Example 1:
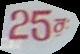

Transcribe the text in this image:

25 व:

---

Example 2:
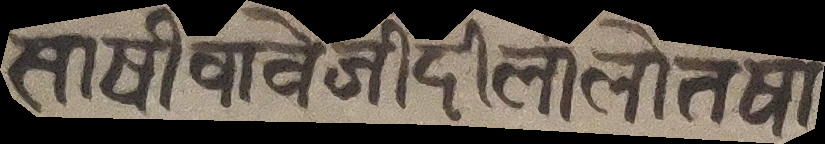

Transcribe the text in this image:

साषीवावेजीदीलालोतषा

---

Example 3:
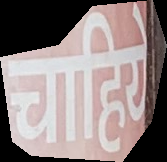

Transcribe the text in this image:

चाहिये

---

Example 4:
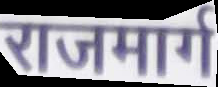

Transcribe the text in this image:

राजमार्ग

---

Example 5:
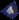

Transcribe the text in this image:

न